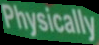
Physically